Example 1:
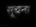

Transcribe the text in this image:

सूचना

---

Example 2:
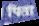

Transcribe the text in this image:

पिता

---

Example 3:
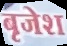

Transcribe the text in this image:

बृजेश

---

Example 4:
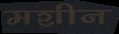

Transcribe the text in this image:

मशीन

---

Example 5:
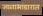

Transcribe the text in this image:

ज्ञानाभांडारात